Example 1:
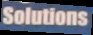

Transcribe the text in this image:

Solutions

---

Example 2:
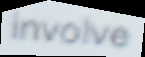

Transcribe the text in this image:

involve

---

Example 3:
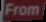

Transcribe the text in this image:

From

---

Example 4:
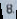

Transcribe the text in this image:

8.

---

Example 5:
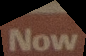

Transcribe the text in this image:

Now